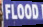
FLOOD